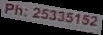
Ph:25335152